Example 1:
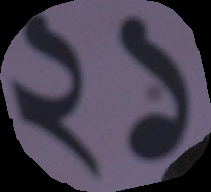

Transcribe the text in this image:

২১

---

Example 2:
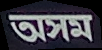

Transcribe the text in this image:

অসম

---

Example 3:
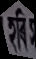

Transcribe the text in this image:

হৰি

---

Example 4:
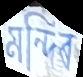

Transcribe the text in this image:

মন্দিৰ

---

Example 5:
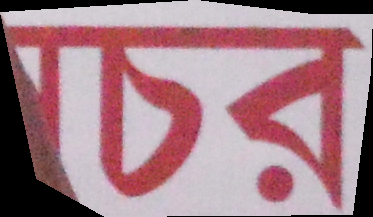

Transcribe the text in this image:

চর